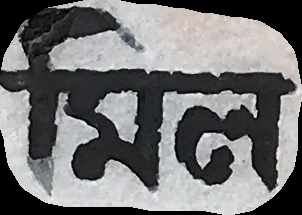
মিল